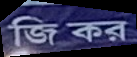
জিকর